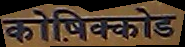
कोष़िक्कोड